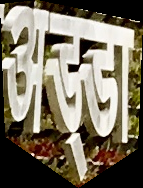
अड्‌डा